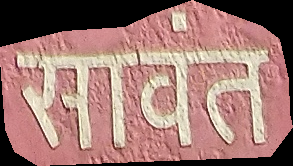
सावंत